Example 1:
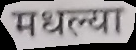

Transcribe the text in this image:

मधल्या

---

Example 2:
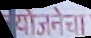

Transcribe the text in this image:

योजनेचा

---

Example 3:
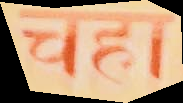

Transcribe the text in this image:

चहा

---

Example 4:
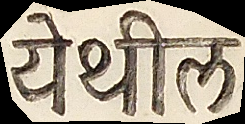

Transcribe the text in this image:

येथील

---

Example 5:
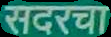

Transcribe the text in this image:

सदरचा